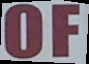
OF